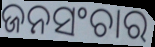
ଜନସଂଚାର